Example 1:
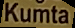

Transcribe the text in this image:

Kumta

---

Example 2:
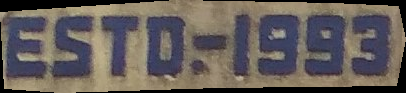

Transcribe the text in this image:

ESTD-1993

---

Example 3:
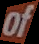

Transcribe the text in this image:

of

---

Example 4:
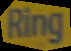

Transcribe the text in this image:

Ring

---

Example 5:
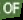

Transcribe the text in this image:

OF